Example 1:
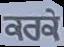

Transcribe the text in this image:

ਕਰਕੇ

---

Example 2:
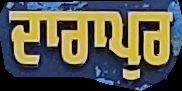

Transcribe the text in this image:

ਦਾਰਾਪੁਰ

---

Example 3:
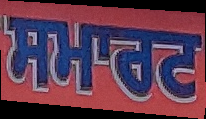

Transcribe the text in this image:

ਸਮਾਰਟ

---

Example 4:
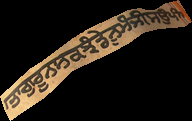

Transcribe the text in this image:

ਭਾਗੁਰੂਨਾਨਕਝੰਡੇਨੁਮੰਜੀਸਉਪੀ'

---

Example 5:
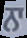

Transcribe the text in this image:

ਨਾ